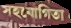
সহযোগিতা